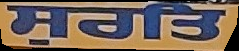
ਸਰਤਿ